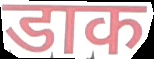
डाक